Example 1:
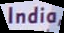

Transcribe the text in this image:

India,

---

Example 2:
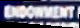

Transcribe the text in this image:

ENDOWMENT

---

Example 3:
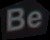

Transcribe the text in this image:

Be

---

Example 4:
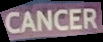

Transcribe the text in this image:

CANCER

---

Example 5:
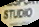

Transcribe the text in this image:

STUDIO